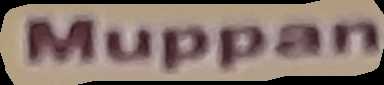
Muppan